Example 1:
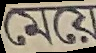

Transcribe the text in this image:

মেয়ে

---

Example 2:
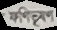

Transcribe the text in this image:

ফণিভূষণ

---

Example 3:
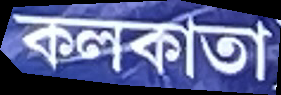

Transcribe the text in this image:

কলকাতা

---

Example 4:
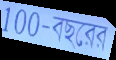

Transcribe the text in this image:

100-বছরের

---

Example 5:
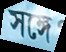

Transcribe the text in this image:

সঙ্গে